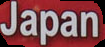
Japan